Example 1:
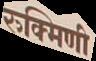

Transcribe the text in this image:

रुक्मिणी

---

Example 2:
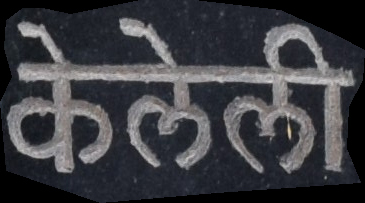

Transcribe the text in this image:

केलेली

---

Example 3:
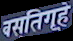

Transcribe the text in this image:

वसतिगृहे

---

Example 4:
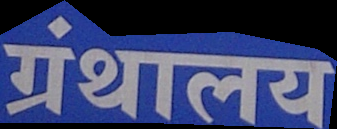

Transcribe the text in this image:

ग्रंथालय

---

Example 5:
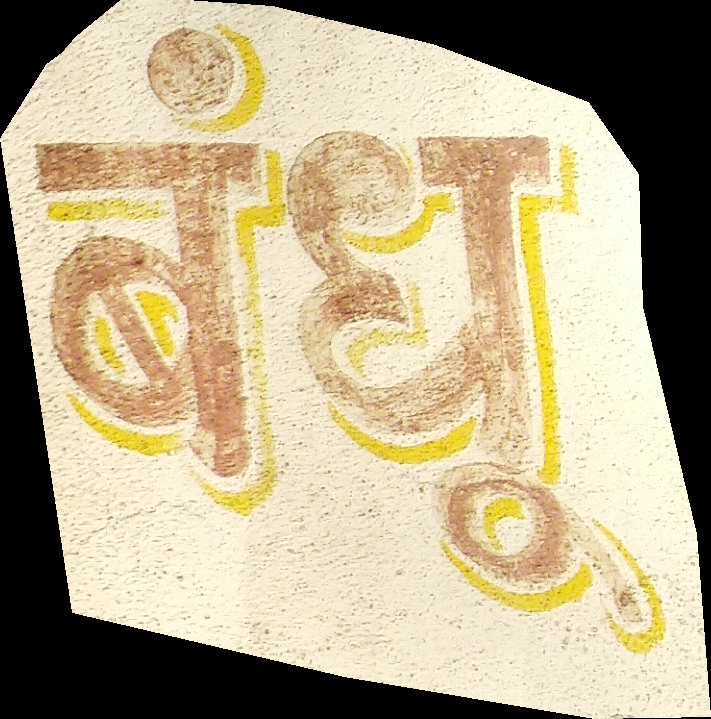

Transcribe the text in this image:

बंधू